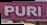
PURI